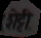
शेट्टी